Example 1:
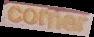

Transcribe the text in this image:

corner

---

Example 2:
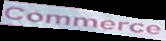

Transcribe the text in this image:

Commerce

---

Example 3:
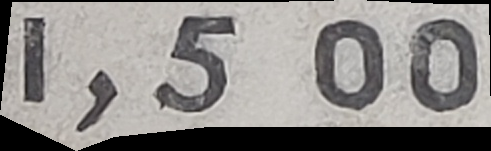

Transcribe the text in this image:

1,500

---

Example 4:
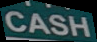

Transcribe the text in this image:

CASH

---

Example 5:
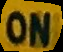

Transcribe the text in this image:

ON